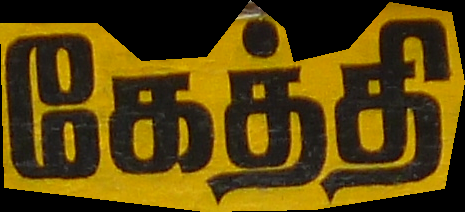
கேத்தி